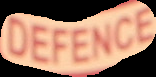
०३३५९८६